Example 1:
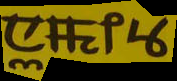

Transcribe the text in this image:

ꯅꯨꯃꯤꯠ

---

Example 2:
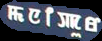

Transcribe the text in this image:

ꯃꯅꯤꯄꯨꯔ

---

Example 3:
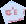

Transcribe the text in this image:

ꯑ ꯪꯐ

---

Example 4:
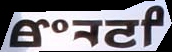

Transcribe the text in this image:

ꯔꯦꯜꯂꯤ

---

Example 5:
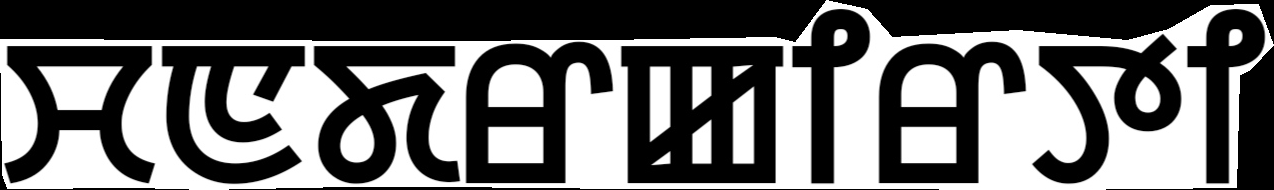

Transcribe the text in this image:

ꯆꯟꯗꯔꯀꯤꯔꯇꯤ